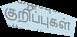
குறிப்புகள்